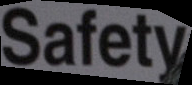
Safety